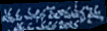
శుక్వవచ్చవలసిన